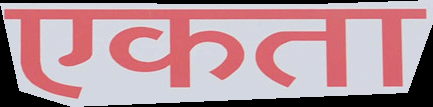
एकता